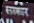
सरकार